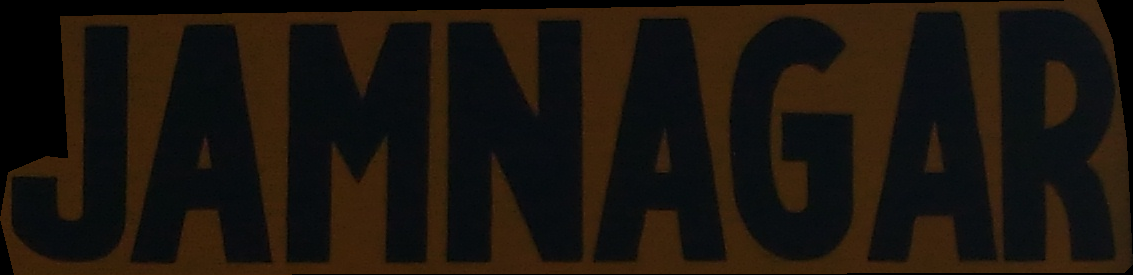
JAMNAGAR